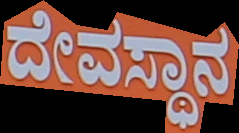
ದೇವಸ್ಧಾನ